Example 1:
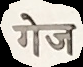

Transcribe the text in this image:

गेज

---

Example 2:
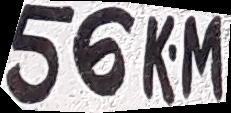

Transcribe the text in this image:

५०५।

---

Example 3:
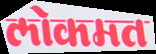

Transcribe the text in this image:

लोकमत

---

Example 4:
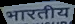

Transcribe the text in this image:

भारतीय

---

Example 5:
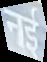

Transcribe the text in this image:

नई